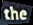
the